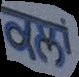
ਕਲਾ